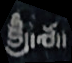
క్రీ॥శ॥